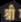
श्री